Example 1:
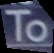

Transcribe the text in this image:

To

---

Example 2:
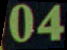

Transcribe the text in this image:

04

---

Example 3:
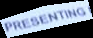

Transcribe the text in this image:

PRESENTING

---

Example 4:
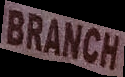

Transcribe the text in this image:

BRANCH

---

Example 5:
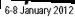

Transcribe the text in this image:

6-8January2012